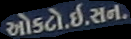
ઓકટો.ઈ.સન.